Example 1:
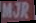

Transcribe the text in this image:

MJR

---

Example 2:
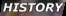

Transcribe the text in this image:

HISTORY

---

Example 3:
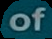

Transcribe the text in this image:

of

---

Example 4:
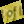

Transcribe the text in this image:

of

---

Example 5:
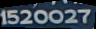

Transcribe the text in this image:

1520027